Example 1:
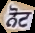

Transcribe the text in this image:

ਨੋਟ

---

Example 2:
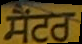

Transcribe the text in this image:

ਸੈਂਟਰ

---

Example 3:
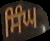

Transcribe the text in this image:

ਸਿੰਘ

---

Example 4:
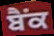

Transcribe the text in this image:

ਬੈਕ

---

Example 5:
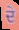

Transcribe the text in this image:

ਦੇ